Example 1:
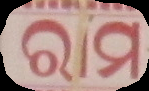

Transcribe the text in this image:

ରାମ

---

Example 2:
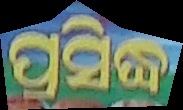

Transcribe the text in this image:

ପ୍ରସିଦ୍ଧ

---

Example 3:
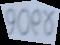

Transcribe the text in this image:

୨୦୧୪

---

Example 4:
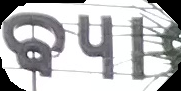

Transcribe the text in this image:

ବ୍ୟା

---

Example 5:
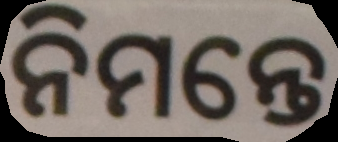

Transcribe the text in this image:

ନିମନ୍ତେ